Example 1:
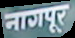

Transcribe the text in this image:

नागपूर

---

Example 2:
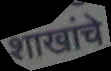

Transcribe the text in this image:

शाखांचे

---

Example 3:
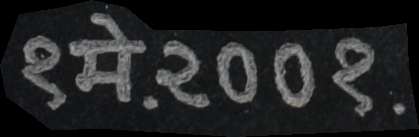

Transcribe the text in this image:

९मे.२००१.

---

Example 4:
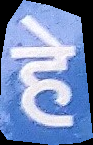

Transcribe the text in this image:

हे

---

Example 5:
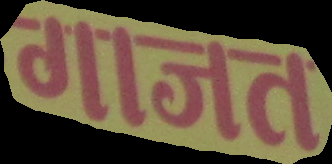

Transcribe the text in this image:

गाजत